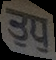
ਤੁਧੁ